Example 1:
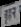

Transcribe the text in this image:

बृहन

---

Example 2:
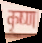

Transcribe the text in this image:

कृष्ण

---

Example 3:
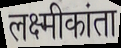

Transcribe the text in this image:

लक्ष्मीकांता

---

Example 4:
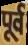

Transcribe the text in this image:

पूर्व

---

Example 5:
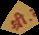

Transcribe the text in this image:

श्री.